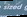
sized